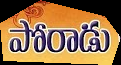
పోరాడు